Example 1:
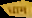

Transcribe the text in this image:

धाम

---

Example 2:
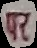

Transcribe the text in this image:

पर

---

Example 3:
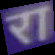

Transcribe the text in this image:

रा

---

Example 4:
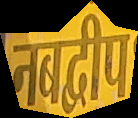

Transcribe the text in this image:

नबद्वीप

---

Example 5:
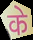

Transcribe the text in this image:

के